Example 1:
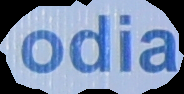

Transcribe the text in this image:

odia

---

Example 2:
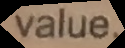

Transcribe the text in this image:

value.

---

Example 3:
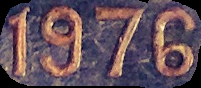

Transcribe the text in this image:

1976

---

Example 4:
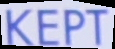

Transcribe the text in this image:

KEPT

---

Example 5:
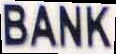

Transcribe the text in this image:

BANK